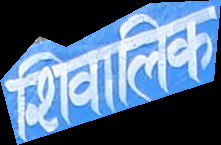
शिवालिक